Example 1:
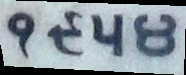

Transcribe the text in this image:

੧੯੫੪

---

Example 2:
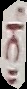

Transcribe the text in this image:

ਨੂੰ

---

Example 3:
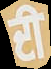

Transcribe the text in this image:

ਦੀ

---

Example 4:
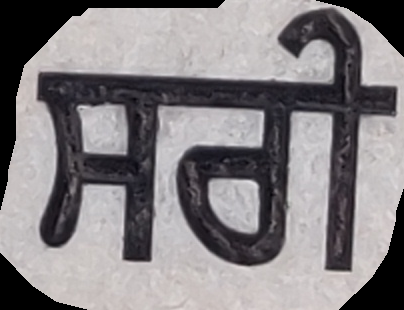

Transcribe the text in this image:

ਸਰੀ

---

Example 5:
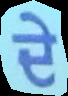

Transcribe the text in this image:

ਦੇ